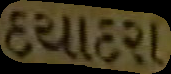
દયાદરા